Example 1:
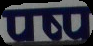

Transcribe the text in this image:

पष्प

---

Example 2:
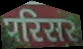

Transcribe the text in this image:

परिसर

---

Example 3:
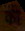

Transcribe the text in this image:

कीं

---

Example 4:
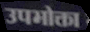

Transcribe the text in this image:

उपभोक्ता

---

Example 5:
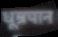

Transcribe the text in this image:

धूम्रपान